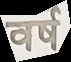
वर्ष